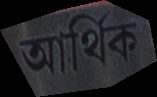
আৰ্থিক